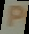
P